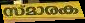
സ്ഭാരക